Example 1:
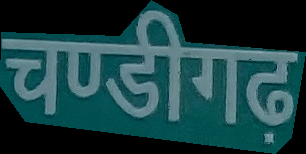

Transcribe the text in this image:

चण्डीगढ़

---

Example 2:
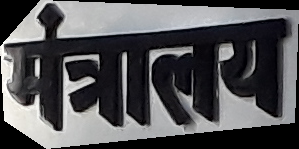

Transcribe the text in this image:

मंत्रालय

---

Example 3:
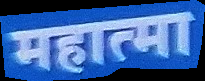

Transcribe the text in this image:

महात्मा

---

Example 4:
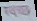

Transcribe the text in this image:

स्वच्छ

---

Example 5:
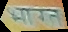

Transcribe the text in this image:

भारत